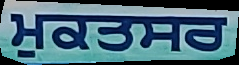
ਮੁਕਤਸਰ